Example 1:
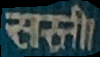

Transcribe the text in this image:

सस्ती।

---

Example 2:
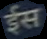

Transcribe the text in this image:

ईस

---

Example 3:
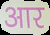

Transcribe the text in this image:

आर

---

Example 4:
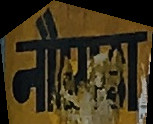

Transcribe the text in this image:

नौ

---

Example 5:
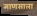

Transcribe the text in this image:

माणसाला